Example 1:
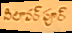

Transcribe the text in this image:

సిలావర్ పూర్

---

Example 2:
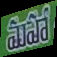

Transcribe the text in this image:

మహా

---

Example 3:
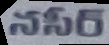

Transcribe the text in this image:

నసీర్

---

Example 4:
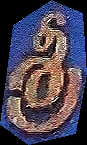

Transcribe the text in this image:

శ్ర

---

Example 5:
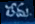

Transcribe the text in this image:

లేమ.